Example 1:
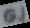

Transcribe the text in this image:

GJ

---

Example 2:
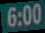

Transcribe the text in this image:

6:00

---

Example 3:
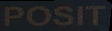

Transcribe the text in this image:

POSIT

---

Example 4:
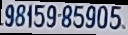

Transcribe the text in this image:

98159-85905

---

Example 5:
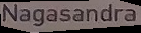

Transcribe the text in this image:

Nagasandra